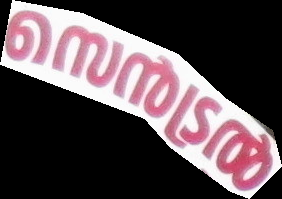
സെൻട്രൽ